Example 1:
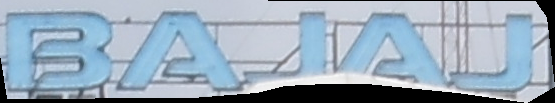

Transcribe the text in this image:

BAJAJ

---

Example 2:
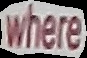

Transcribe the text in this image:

where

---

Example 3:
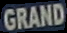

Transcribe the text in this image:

GRAND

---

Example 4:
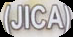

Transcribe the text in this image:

(JICA)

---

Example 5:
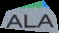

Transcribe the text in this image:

ALA